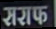
सराफ